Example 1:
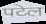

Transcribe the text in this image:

पटेल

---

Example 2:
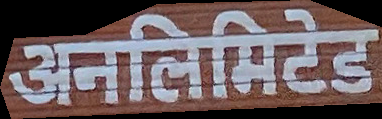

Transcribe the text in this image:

अनलिमिटेड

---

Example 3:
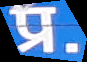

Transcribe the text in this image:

प्र.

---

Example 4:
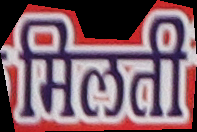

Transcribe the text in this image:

मिलती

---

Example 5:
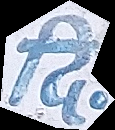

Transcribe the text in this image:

दि.